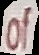
of